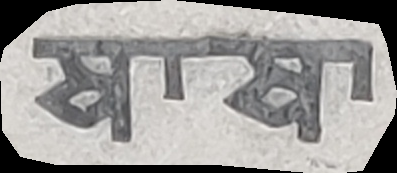
ਬਾਬਾ